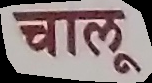
चालू